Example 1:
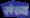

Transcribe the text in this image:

संसद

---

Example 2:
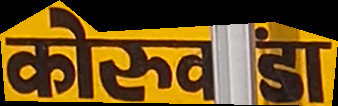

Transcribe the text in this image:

कोरुकोंडा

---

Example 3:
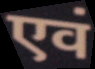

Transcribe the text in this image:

एवं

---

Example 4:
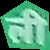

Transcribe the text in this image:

ली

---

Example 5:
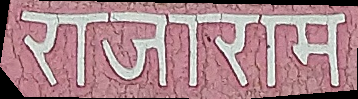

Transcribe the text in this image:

राजाराम